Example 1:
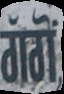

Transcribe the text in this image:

ਗੱਗੋਂ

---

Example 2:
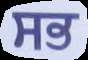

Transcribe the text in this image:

ਸਭ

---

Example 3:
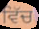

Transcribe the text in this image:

ਵਿੱਚ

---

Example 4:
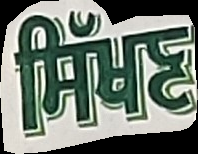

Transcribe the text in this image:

ਸਿੱਖਣ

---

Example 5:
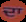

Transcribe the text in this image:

ਦਾ